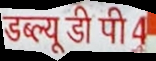
डब्ल्यू डी पी 4